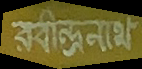
রবীন্দ্রন৷থ